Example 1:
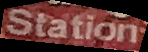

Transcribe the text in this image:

Station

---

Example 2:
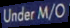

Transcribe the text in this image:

UnderM/O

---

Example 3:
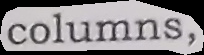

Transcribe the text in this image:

columns,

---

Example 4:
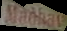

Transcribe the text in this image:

Madhav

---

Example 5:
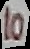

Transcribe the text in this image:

to